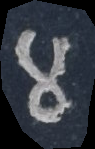
४